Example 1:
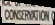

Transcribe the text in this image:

CONSERVATION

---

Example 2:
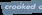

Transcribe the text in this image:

crooked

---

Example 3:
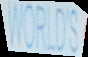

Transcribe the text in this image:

WORLD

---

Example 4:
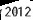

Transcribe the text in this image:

2012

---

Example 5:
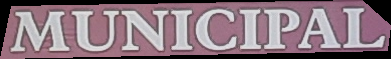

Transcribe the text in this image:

MUNICIPAL